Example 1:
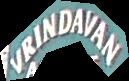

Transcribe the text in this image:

VRINDAVAN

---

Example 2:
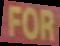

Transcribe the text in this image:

FOR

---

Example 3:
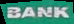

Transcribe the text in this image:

BANK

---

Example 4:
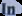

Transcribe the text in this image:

In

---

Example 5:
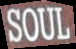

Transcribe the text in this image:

SOUL